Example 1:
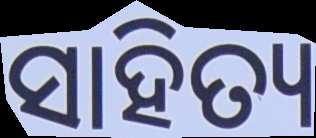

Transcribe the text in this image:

ସାହିତ୍ୟ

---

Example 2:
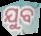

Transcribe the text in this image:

ଯୁବ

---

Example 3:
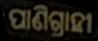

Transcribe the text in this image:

ପାଣିଗ୍ରାହୀ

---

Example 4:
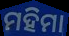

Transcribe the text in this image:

ମହିମା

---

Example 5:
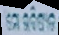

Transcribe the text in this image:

ଭବିଷ୍ୟତ